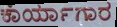
ಕಾರ್ಯಾಗಾರ